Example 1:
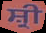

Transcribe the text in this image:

ਸ਼੍ਰੀ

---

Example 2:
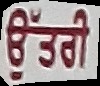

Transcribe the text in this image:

ਉੱਤਰੀ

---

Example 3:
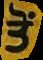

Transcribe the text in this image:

ਤੋਂ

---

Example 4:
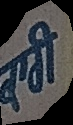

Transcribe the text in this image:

ਕਾਰੀ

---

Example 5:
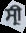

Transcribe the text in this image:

ਸ੍ਰੀ